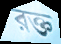
রক্ত